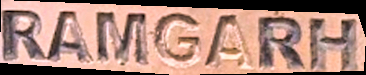
RAMGARH